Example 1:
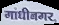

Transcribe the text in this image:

गांधीनगर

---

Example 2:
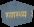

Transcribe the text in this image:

स्वास्थ्य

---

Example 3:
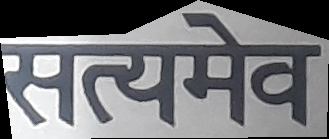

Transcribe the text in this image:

सत्यमेव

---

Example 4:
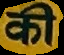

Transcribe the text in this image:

क‍ी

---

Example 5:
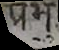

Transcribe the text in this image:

प्रभु